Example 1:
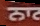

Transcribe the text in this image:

ਨਾ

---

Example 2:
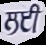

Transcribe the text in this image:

ਲਈ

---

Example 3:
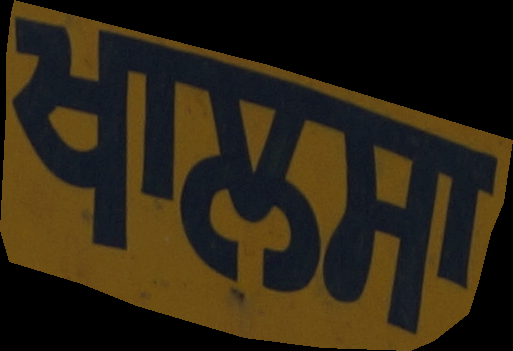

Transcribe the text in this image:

ਖਾਲਸਾ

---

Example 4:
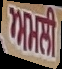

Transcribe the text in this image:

ਅਮਲੀ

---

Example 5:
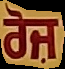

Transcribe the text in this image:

ਰੋਜ਼